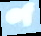
of